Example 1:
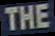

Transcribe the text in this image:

THE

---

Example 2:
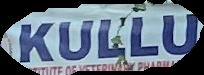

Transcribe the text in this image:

KULLU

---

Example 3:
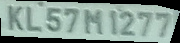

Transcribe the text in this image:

KL57M1277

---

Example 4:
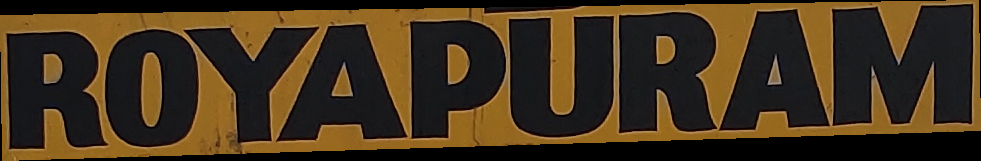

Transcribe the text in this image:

ROYAPURAM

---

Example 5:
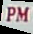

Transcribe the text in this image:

PM